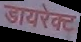
डायरेक्ट